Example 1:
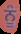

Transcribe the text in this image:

ਨੂੰ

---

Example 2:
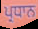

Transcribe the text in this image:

ਪ੍ਰਧਾਨ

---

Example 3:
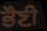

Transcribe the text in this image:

ਭੈਣੀ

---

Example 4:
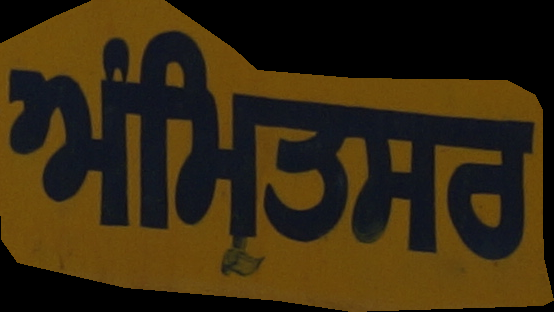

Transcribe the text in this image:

ਅੰਮ੍ਰਿਤਸਰ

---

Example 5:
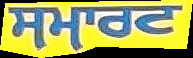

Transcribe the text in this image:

ਸਮਾਰਟ